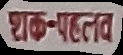
शक-पहलव